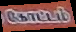
கோட்டம்